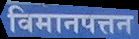
विमानपत्तन